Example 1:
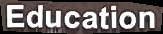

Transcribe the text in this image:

Education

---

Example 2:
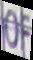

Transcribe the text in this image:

OF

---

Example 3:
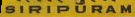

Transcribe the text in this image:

SIRIPURAM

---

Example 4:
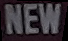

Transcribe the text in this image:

NEW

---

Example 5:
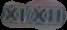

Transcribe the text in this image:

XIXII